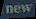
new